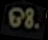
ତଃ.